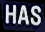
HAS